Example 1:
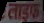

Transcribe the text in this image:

लाइफ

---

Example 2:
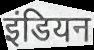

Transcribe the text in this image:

इंडियन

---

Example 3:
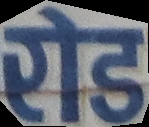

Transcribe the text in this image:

रोड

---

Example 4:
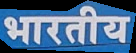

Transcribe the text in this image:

भारतीय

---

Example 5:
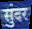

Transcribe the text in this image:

सुंदर